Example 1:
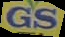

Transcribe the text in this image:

GS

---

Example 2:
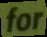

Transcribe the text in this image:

for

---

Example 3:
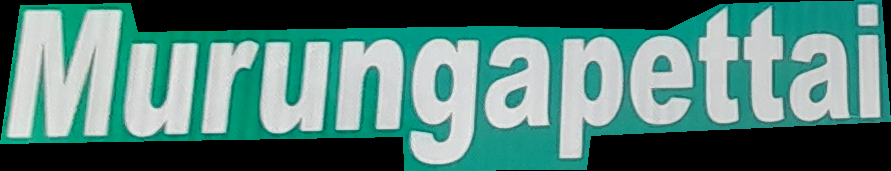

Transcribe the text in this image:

Murungapettai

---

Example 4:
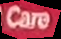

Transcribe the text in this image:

Care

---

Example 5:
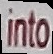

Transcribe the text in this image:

into